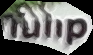
Tulip